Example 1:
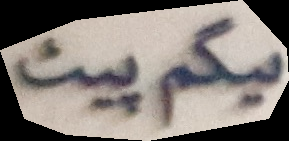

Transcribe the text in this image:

بیگم پیٹ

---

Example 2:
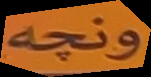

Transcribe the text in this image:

ونچه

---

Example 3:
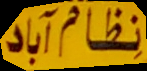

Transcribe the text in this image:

نظام آباد,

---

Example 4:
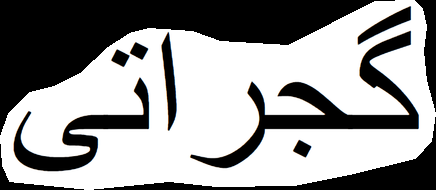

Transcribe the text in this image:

گجراتی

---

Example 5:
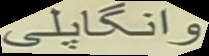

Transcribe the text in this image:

وانگاپلی